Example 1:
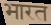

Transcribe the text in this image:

भारत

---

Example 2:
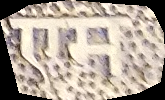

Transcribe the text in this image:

एम.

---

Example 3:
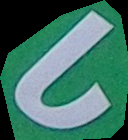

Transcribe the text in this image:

८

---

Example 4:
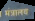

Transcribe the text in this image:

मंत्रालय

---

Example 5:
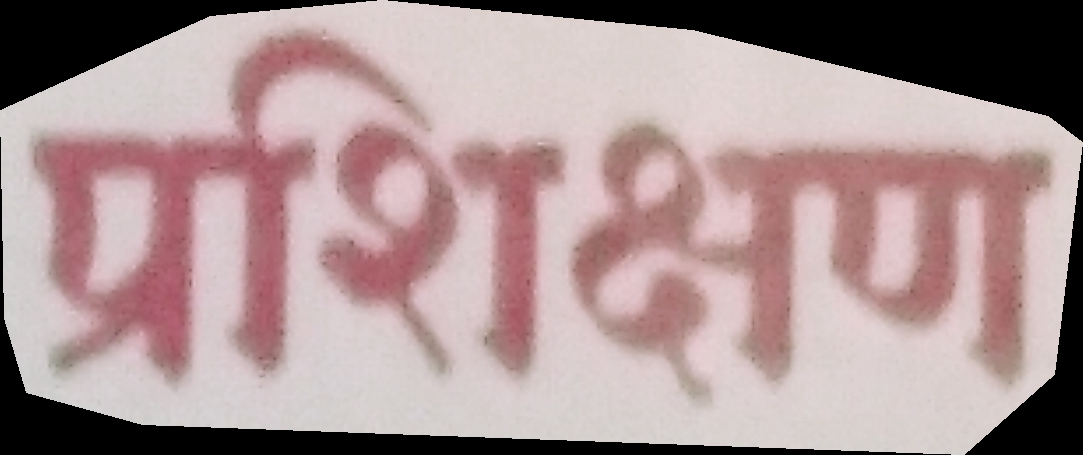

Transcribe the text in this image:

प्रशिक्षण